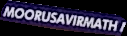
MOORUSAVIRMATH